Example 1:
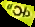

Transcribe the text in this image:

ਨੂੰ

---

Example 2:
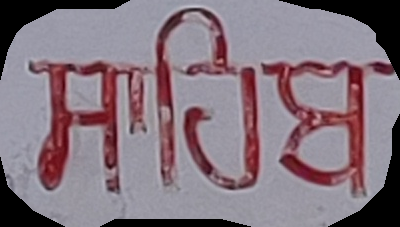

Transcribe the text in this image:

ਸਹਿਬ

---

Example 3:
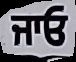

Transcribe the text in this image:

ਜਾਓ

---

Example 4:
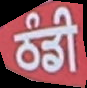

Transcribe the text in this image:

ਠੰਡੀ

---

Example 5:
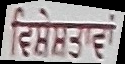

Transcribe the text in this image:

ਵਿਸ਼ੇਸ਼ਤਾਵਾਂ